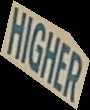
HIGHER